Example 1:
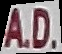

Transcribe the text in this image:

A.D.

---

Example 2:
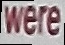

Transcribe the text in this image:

were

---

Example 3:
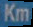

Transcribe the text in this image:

Km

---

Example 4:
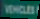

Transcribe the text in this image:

VEHICLES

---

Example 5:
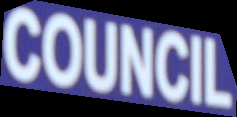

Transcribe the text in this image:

COUNCIL